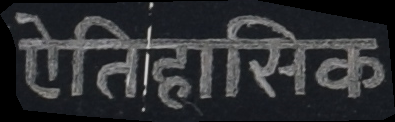
ऐतिहासिक